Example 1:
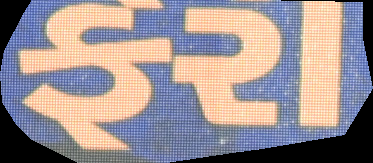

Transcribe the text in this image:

ફરા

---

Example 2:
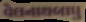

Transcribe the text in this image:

વેલનાથબાપુ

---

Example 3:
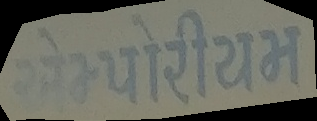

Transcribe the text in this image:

એમ્પોરીયમ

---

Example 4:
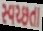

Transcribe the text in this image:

સ્વચ્છતા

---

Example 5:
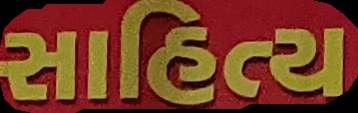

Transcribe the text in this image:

સાહિત્ય